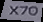
X70